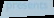
presents